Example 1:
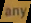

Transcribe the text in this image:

any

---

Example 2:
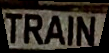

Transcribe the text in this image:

TRAIN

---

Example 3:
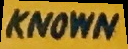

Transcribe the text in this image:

KNOWN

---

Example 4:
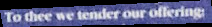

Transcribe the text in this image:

To thee we tender our offering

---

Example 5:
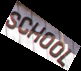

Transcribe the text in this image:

SCHOOL